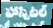
హాస్పిటల్